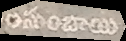
లఘుంబాయి